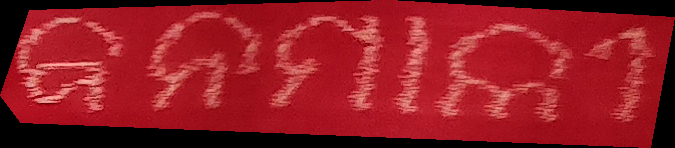
ଜନମାଳୀ